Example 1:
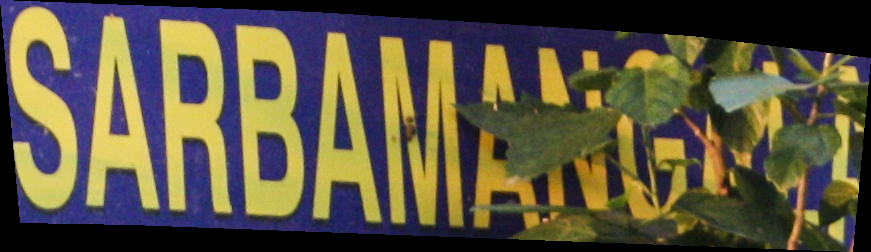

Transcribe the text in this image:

SARBAMANG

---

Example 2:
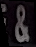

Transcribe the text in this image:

&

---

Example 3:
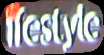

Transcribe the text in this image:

ifestyle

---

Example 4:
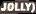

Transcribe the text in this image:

JOLLY)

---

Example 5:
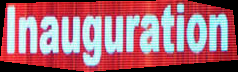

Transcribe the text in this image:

Inauguration